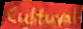
Cultural